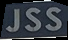
JSS